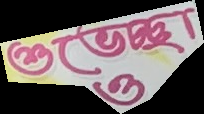
শুভেচ্ছা ও